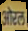
ओरल